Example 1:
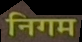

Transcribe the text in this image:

निगम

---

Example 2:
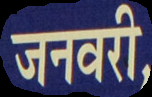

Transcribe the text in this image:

जनवरी,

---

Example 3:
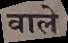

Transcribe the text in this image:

वाले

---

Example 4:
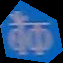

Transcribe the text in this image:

बैँक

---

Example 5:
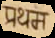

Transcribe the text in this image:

प्रथम